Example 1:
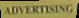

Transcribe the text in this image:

ADVERTISING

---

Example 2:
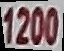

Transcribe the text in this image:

1200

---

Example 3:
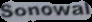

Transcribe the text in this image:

Sonowal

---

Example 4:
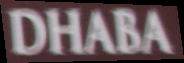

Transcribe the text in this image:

DHABA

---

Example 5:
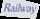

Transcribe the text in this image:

Railway